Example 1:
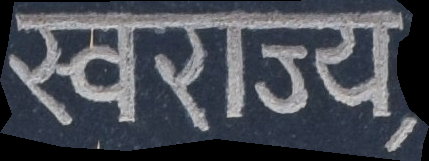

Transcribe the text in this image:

स्वराज्य,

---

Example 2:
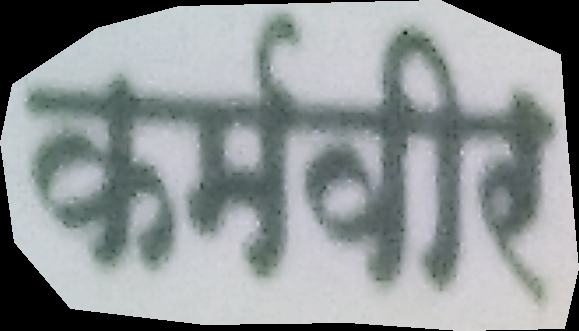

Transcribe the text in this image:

कर्मवीर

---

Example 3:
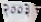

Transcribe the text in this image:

२००३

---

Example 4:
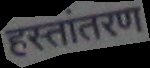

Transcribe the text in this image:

हस्तांतरण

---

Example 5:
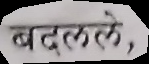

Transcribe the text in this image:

बदलले,